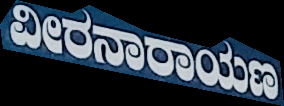
ವೀರನಾರಾಯಣ